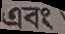
এবং